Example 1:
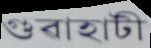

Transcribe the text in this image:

গুৱাহাটী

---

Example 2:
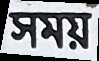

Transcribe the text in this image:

সময়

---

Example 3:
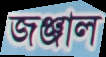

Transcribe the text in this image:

জঞ্জাল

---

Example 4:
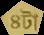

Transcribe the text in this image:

৪টা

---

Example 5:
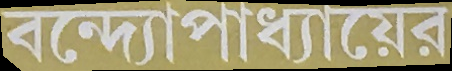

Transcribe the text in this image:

বন্দ্যোপাধ্যায়ের